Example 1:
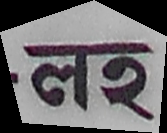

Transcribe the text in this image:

লহ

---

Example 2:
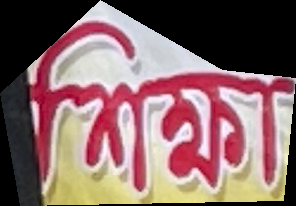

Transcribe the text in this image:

শিক্ষা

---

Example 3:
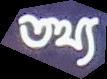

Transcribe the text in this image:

তথ্য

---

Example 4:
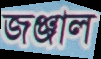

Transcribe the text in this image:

জঞ্জাল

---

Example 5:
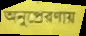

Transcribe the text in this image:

অনুপ্রেরণায়